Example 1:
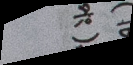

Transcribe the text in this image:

পং),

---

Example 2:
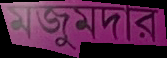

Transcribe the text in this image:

মজুমদার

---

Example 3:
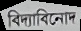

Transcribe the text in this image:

বিদ্যাবিনোদ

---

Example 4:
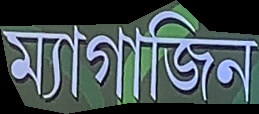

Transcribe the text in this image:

ম্যাগাজিন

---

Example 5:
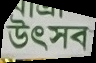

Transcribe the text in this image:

উৎসব